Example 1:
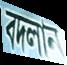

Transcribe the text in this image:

বদলান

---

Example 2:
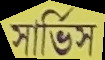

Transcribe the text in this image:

সার্ভিস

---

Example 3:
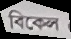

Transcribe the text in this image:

বিকেল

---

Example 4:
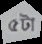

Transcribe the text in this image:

৫টা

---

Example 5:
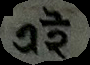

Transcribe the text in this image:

এই